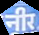
नीर